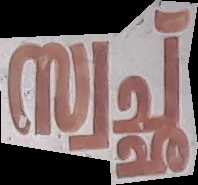
സ്വച്ഛ്